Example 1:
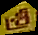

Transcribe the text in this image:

శ్రీ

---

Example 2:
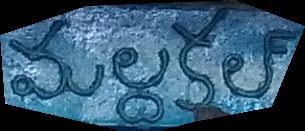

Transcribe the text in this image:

మల్దకల్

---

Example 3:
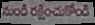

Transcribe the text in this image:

నుండి రక్షించుకోండి.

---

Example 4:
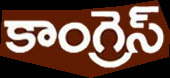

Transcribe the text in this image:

కాంగ్రెస్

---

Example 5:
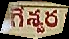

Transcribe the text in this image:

గేశ్వర